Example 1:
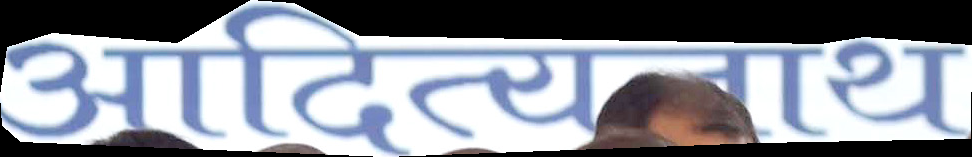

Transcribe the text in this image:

आदित्यनाथ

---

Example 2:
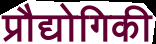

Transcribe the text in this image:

प्रौद्योगिकी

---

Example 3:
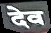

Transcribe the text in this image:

देव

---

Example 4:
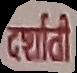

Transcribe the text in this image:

दर्शाती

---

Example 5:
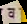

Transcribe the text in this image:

व